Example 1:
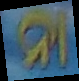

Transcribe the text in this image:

ନା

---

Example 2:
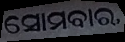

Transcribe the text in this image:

ସୋମବାର,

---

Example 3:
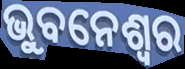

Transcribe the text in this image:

ଭୁବନେଶ୍ବର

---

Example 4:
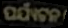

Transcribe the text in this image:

ପର୍ଯ୍ୟଟନ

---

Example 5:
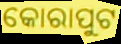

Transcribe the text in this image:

କୋରାପୁଟ